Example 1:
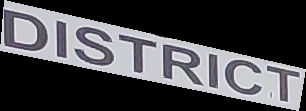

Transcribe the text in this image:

DISTRICT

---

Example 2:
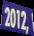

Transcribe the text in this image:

2012,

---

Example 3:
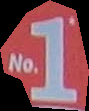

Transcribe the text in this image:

No.1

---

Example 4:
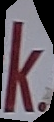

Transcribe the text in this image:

K.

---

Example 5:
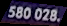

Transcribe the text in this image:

-580028.